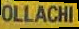
OLLACHI